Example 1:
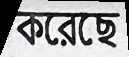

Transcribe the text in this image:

করেছে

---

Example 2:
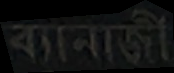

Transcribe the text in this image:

ব্যানার্জী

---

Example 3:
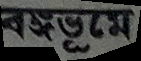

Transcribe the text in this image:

বঙ্গভূমে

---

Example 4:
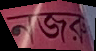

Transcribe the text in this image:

নজরু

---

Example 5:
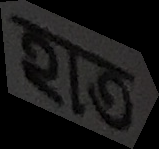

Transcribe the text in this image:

হাত